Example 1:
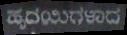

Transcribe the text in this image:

ಹೃದಯಿಗಳಾದ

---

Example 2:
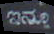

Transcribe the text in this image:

ಇನೂ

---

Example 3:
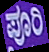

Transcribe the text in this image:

ಪೂರಿ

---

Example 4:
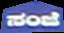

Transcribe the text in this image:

ಸಂಜೆ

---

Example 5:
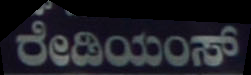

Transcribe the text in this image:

ರೇಡಿಯಂಸ್